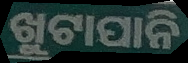
ଖୁଟାପାନି